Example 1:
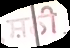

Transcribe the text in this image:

ਸ਼ਨੀ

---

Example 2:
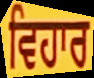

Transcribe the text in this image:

ਵਿਹਾਰ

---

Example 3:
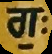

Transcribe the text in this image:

ਗੁ:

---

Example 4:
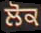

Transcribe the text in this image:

ਲੋਕ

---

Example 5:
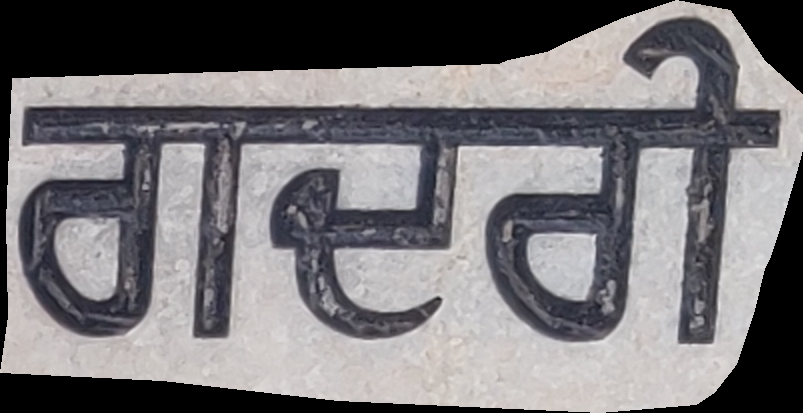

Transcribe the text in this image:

ਗਦਰੀ